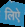
लिऐ